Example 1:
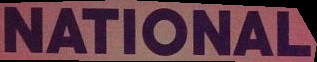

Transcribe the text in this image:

NATIONAL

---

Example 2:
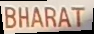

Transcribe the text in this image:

BHARAT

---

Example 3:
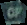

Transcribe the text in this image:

OF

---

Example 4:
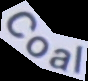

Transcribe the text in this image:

Coal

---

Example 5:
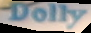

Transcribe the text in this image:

Dolly